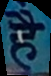
है